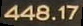
448.17